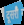
दूसरी